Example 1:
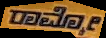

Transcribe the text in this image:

ರಾಮೋ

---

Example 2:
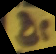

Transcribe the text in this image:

ಶ್ರೀ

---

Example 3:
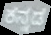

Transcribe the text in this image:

ಕನ್ನಡೆ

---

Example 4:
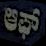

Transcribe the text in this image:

ಆಫ್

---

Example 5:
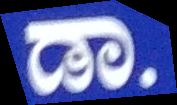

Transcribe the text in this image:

ಡಾ.